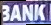
BANK